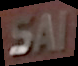
SAI